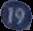
19